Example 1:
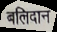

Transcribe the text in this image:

बलिदान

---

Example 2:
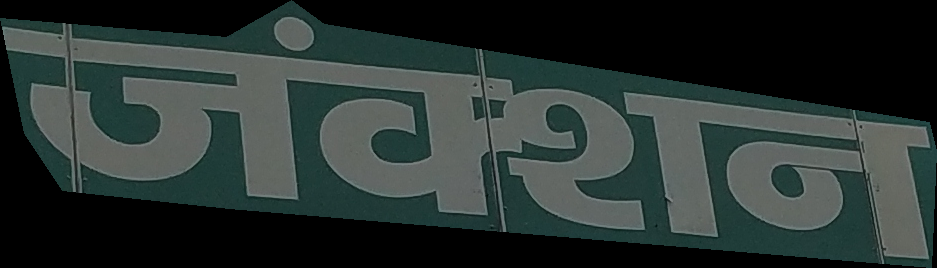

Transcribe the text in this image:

जंक्शन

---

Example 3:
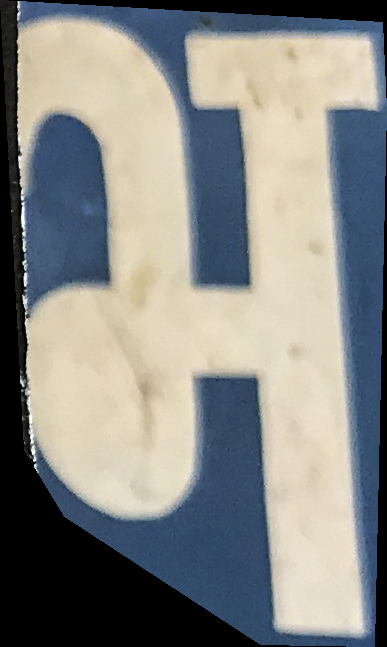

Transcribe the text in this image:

भ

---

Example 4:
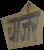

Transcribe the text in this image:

चार्जर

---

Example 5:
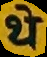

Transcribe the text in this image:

थे